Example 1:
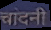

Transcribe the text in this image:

चांदनी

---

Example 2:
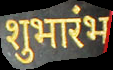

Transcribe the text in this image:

शुभारंभ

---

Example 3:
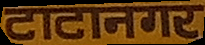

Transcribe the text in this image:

टाटानगर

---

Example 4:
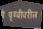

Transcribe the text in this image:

पृथ्वीवरील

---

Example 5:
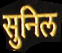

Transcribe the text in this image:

सुनिल